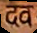
दव